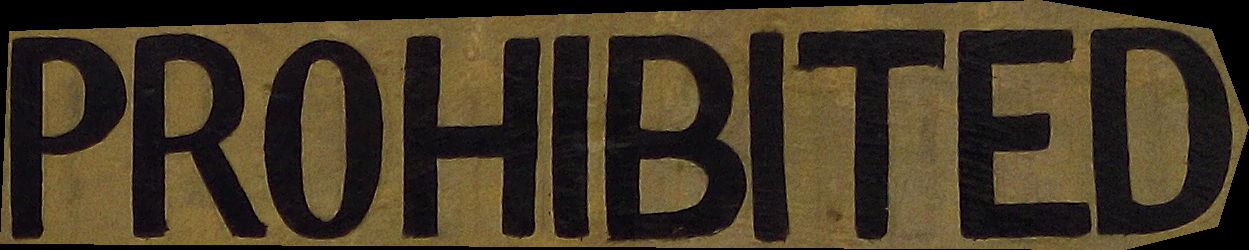
PROHIBITED